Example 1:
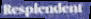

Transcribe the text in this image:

Resplendent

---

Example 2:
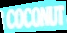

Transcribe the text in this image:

COCONUT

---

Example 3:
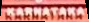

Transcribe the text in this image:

KARNATAKA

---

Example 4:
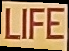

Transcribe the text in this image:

LIFE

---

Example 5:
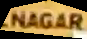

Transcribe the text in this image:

NAGAR